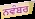
ਨਵੰਬਰ